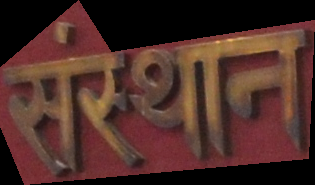
संस्थान